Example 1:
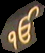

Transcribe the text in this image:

੧ਓ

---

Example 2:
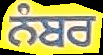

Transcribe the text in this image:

ਨੰਬਰ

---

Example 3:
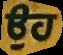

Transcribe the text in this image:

ਉਹ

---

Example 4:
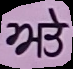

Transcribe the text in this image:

ਅਤੇ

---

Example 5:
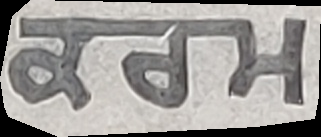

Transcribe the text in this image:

ਕਰਮ